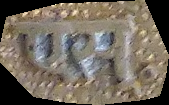
एस्.